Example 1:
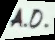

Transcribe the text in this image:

A.D.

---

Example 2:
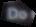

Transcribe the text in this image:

Do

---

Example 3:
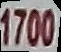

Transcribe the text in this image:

1700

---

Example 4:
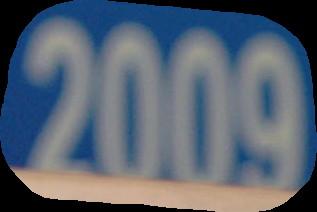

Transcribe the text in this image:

2009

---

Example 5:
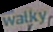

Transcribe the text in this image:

walky